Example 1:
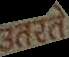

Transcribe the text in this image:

उतरते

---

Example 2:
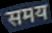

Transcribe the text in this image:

समय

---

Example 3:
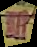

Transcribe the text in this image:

श्री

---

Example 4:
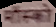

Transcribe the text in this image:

मॉस्को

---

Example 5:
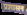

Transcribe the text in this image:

प्रशासन